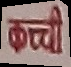
कच्ची